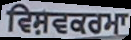
ਵਿਸ਼ਵਕਰਮਾ